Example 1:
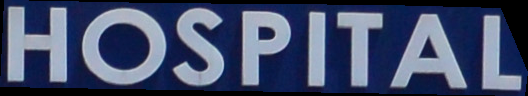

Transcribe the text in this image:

HOSPITAL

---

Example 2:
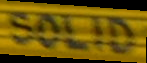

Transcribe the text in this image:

SOLID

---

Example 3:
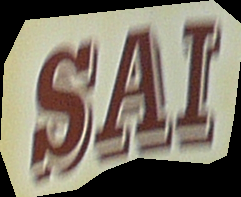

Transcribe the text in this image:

SAI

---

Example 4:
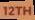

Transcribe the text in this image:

12TH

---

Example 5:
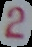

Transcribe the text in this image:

2